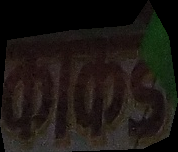
काकडे